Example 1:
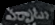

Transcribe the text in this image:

ఏర్పాటు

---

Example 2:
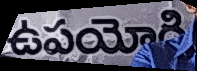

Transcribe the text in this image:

ఉపయోగి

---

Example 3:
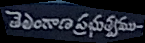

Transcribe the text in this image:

తెలంగాణ ప్రభుత్వము-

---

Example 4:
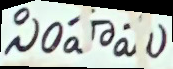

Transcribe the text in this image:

సింహపం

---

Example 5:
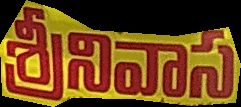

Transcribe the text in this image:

శ్రీనివాస